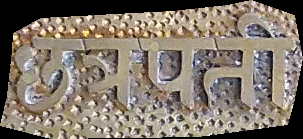
छत्रपती